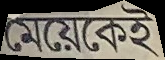
মেয়েকেই